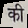
की